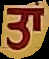
ਤਾ